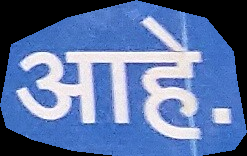
आहे.